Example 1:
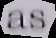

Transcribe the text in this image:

as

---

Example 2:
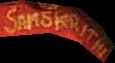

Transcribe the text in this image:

SAMSKRITHI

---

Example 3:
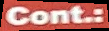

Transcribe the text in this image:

Cont.:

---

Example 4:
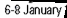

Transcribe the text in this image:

6-8 January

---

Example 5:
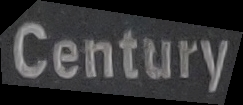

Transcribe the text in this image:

Century